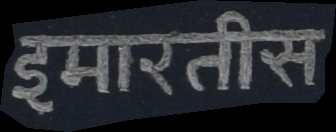
इमारतीस